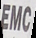
EMC